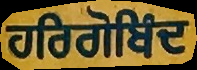
ਹਰਿਗੋਬਿੰਦ